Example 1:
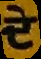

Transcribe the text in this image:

ਦੇ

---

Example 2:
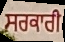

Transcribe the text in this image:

ਸਰਕਾਰੀ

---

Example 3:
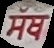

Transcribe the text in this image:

ਸੱਥ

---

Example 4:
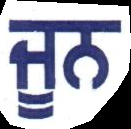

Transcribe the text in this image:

ਜੂਨ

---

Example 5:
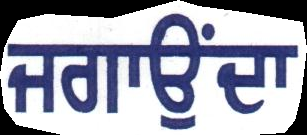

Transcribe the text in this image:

ਜਗਾਉਂਦਾ